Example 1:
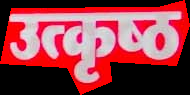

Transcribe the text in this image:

उत्‍कृष्‍ठ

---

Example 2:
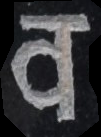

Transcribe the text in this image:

व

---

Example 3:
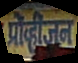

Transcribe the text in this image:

प्रोव्हीजन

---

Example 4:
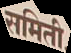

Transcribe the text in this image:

समिती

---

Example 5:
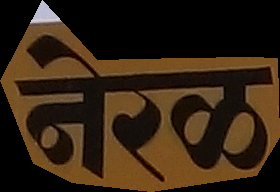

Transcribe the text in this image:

नेरळ